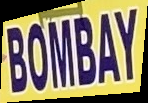
BOMBAY